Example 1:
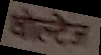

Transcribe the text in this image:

वोल्टेज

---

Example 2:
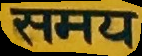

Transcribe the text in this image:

समय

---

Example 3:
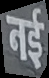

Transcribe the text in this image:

नई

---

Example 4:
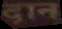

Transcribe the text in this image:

दान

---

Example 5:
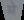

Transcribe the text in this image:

में